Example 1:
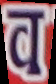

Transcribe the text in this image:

व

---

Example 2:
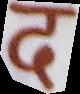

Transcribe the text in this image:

द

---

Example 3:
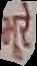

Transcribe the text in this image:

भूरे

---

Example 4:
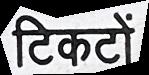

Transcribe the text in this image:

टिकटों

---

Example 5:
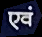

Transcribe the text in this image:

एवं